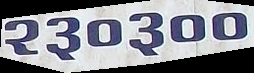
२३०३००